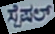
ಸ್ಪಷಲ್